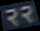
ર૨